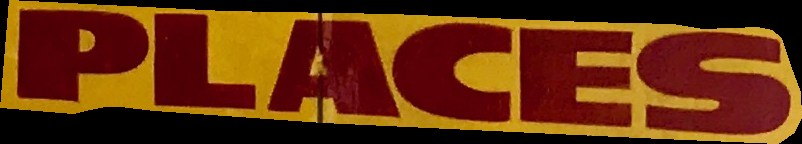
PLACES